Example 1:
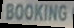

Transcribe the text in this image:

BOOKING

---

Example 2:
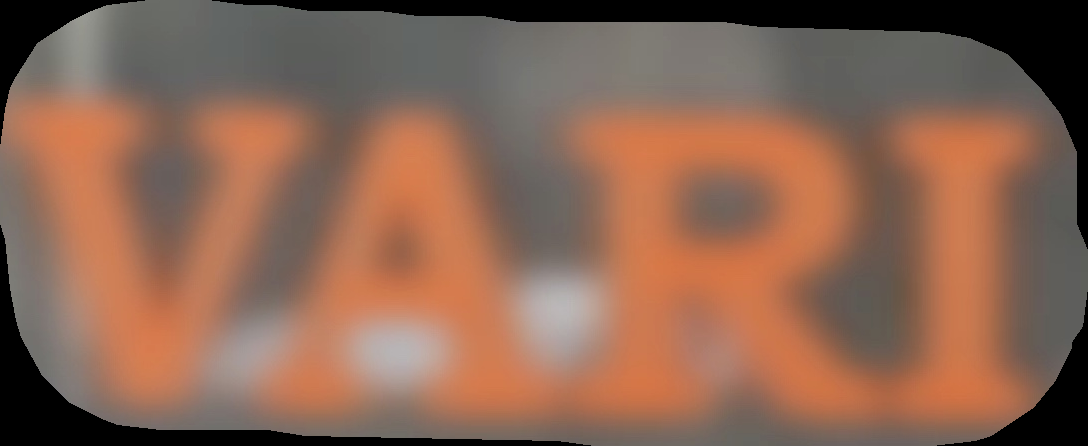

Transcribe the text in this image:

VARI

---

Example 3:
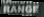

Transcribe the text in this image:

RANGE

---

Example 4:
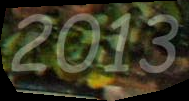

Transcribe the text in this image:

2013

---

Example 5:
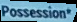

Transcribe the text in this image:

Possession